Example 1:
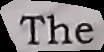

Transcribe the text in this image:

The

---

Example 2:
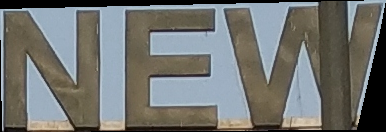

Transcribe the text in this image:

NEW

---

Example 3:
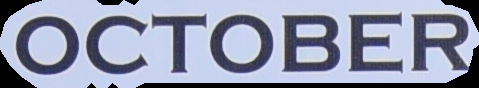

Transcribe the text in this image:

OCTOBER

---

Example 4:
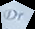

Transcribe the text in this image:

Dr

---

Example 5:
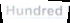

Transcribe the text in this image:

Hundred